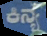
ಕಿನ್ಯ